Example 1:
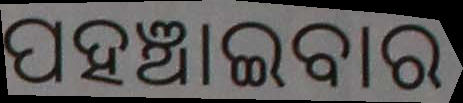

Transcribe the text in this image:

ପ‌ହଞ୍ଚାଇବାର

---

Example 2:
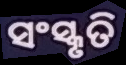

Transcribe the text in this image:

ସଂସ୍କୃତି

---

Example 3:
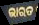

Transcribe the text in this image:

ଭାରତ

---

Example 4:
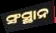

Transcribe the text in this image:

ସଂସ୍ଥାନ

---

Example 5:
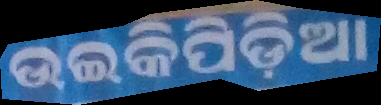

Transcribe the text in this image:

ଉଇକିପିଡ଼ିଆ